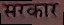
सरकार